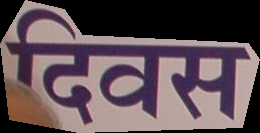
दिवस